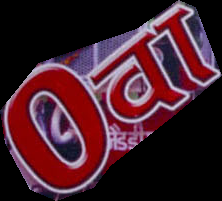
0 वा